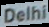
Delhi